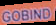
GOBIND